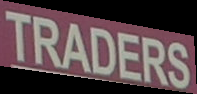
TRADERS